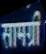
सामग्री